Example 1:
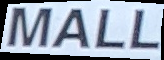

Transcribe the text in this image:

MALL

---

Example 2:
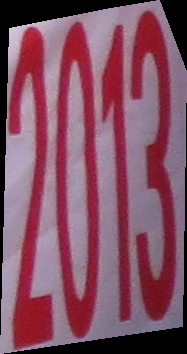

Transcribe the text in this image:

2013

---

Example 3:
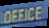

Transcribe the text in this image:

OFFICE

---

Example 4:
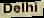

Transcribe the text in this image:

Delhi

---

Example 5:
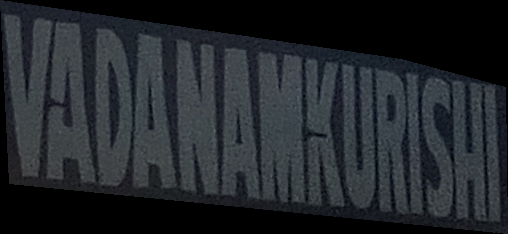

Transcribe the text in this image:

VADANAMKURISHI